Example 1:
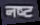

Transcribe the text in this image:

नष्‍ट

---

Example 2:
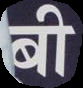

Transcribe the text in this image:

बी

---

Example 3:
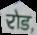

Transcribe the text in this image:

रोड,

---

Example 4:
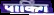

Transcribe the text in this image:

पार्किंग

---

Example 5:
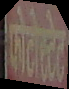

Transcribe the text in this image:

फोटोस्टेट